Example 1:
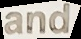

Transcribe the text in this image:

and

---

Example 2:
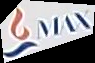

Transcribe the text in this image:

MAX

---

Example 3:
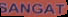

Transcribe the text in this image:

SANGAT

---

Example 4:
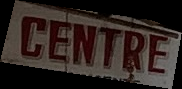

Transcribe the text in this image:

CENTRE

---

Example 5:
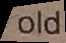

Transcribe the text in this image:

e old